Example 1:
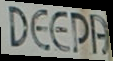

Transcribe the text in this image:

DEEPA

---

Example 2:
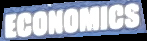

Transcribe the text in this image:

ECONOMICS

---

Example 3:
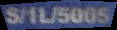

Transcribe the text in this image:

S/IL/5005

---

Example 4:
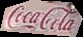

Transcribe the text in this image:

CocaCola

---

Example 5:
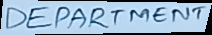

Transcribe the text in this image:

DEPARTMENT